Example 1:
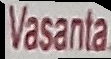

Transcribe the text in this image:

Vasanta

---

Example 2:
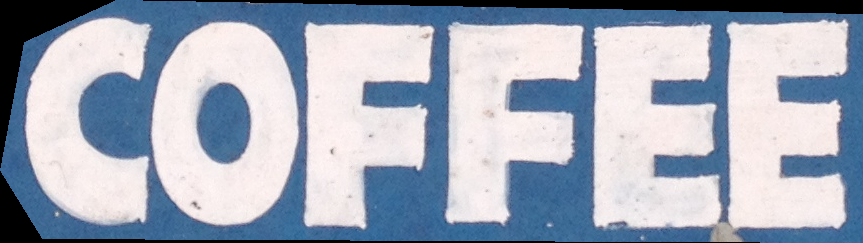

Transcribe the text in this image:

COFFEE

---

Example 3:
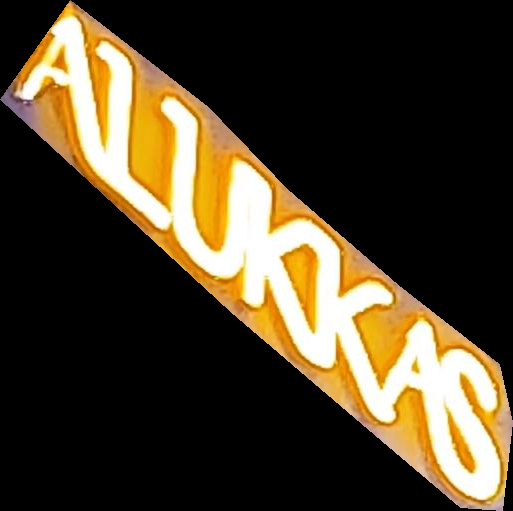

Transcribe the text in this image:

ALUKKAS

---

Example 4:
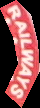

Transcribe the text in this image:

RAILWAYS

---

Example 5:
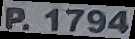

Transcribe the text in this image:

P.1794